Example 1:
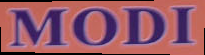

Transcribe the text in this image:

MODI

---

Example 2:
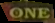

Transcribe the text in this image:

ONE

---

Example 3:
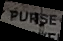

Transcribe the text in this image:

PURSE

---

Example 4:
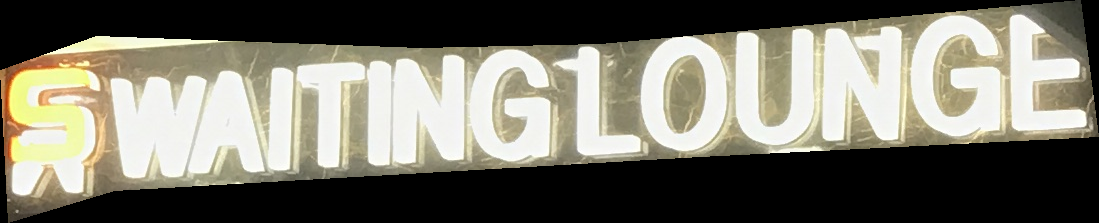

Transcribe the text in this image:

SWAITINGLOUNGE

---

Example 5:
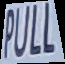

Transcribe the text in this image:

PULL